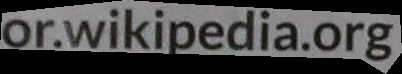
or.wikipedia.org